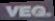
VEG.